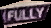
(FULLY